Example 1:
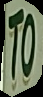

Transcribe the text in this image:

TO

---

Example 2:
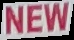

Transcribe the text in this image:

NEW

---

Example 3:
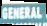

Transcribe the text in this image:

GENERAL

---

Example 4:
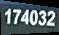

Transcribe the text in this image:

174032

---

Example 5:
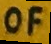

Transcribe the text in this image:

OF